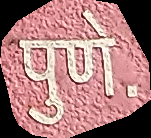
पुणे.